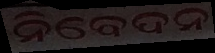
ନିବେଦନ